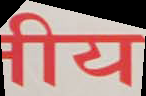
नीय